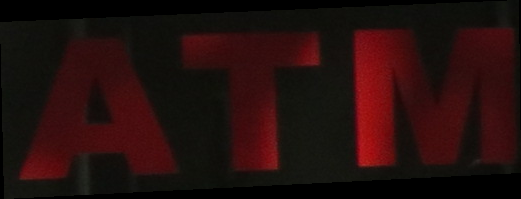
ATM